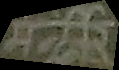
मन्र्दीर